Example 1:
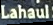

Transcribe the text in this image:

Lahaul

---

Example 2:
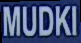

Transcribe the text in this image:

MUDKI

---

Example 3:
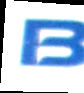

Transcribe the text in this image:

B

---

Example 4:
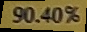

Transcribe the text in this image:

90.40%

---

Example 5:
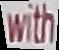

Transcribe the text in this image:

with